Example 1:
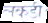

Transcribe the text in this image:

लकडी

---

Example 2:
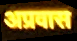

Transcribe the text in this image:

अप्रवास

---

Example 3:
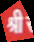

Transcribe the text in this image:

श्री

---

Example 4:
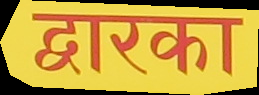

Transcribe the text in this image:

द्वारका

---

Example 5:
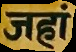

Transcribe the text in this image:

जहां